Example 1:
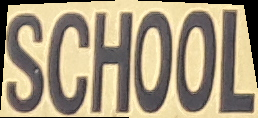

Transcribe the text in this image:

SCHOOL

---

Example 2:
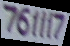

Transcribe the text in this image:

761117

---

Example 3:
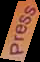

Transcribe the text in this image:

Press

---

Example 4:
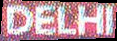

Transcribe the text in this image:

DELHI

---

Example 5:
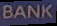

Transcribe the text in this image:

BANK